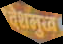
देशमुख